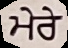
ਮੇਰੇ